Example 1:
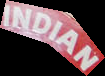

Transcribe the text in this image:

INDIAN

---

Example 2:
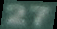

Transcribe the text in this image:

27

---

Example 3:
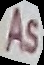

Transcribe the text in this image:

As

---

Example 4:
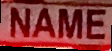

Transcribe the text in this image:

NAME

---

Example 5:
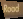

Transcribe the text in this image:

Road